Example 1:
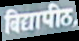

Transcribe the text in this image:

विद्यापीठ,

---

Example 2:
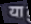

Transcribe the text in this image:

या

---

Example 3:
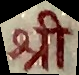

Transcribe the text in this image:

श्री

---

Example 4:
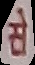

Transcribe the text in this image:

से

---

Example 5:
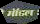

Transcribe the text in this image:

मॉडल: